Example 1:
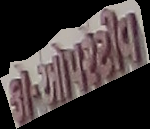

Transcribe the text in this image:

કો-ઓપરેટીવ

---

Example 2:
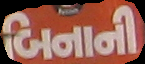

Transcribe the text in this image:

બિનાની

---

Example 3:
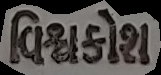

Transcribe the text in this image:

વિશ્વકોશ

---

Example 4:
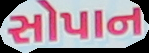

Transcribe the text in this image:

સોપાન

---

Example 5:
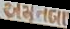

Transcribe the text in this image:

અમૃતબા